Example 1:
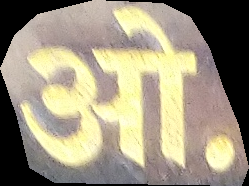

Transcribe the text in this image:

ओ.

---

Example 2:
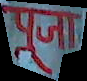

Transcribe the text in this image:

पूजा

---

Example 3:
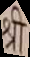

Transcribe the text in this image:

श्री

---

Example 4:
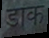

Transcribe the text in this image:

डाक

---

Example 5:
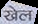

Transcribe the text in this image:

खेल